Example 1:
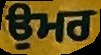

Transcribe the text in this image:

ਉਮਰ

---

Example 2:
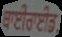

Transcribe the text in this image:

ਬਾਈਰਾਈਡ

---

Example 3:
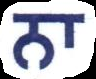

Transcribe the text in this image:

ਨਾ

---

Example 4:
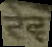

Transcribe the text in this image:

ਦੇਵ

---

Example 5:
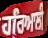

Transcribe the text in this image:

ਹਰਿਆਲੀ